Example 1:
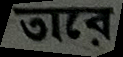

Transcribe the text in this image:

তারে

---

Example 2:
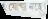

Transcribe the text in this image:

যোগ্য নহে।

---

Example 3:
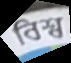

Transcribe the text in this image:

বিশ্ব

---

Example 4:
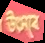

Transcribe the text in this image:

উৎসবে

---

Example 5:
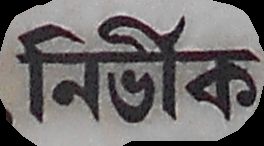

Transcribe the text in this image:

নির্ভীক